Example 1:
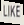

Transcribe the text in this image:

LIKE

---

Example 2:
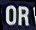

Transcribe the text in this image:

OR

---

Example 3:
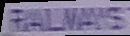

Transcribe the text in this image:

RAILWAYS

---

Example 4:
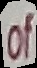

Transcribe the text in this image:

of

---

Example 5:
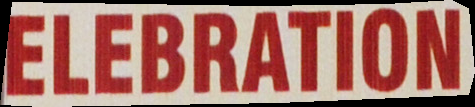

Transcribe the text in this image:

ELEBRATION